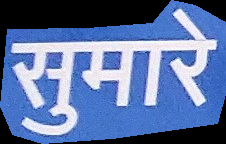
सुमारे